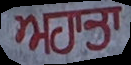
ਅਹਾਤਾ